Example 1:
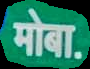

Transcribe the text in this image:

मोबा.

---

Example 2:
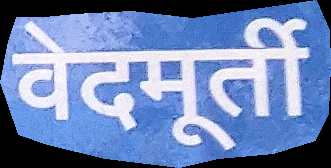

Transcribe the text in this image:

वेदमूर्ती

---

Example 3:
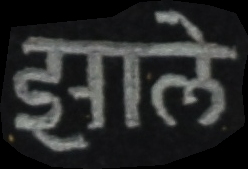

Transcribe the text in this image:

झाले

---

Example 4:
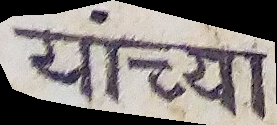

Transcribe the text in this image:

यांच्या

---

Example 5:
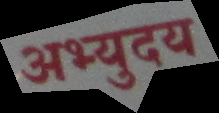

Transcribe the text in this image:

अभ्युदय